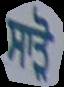
ਸਾੜੋ